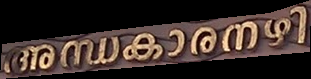
അന്ധകാരനഴി